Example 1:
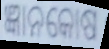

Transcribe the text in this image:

ଜ୍ଞାନକୋଷ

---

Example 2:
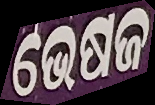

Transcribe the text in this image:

ଭେଷଜ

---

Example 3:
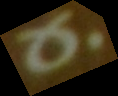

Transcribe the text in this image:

୪.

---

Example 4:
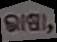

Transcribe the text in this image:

ଭାଷା,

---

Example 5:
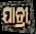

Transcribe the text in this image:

ଯାତ୍ରୀ